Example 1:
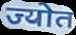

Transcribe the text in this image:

ज्योत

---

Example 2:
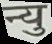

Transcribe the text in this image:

न्यु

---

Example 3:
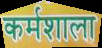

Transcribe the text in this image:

कर्मशाला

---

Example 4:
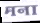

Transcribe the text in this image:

मना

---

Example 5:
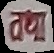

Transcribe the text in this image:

तथा